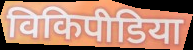
विकिपीडिया